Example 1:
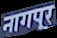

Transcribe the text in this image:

नागपूर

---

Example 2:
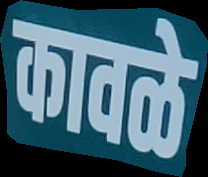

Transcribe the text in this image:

कावळे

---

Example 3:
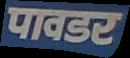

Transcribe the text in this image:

पावडर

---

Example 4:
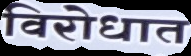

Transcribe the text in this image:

विरोधात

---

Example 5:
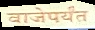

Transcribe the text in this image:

वाजेपर्यंत